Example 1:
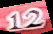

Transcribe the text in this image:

12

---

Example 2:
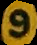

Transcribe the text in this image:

9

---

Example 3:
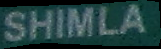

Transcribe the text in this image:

SHIMLA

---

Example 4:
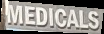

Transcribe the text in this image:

MEDICALS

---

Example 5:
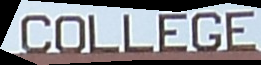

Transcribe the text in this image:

COLLEGE